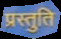
प्रस्‍तुति